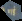
गई